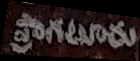
ప్రాగటంకు